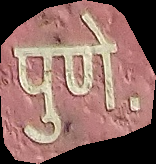
पुणे.